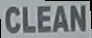
CLEAN